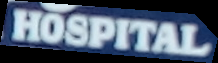
HOSPITAL